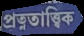
প্রত্নতাত্ত্বিক